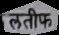
लतीफ